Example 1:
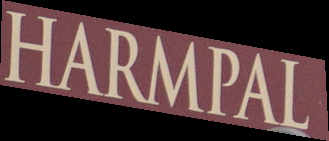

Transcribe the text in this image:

HARMPAL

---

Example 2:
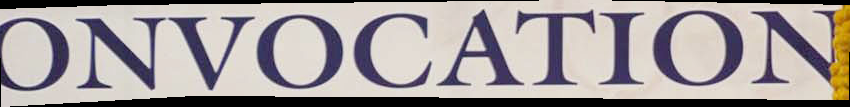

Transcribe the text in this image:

ONVOCATION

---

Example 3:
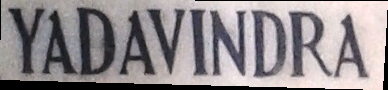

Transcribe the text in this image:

YADAVINDRA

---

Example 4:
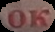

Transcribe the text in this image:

OK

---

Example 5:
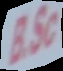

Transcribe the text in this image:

B.Sc